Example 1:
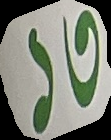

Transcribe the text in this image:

১৩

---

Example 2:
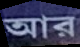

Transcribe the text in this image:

আর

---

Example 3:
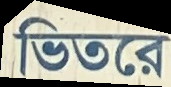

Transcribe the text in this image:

ভিতরে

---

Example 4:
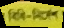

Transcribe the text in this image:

বিধি-নির্দেশ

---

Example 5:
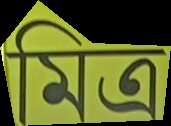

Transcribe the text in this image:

মিত্র